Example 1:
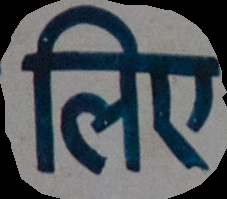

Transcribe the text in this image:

लिए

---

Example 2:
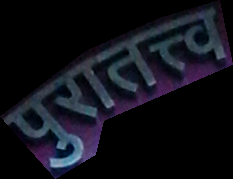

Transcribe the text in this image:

पुरातत्त्व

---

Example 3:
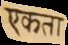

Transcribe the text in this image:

एकता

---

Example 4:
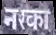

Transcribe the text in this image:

नरका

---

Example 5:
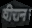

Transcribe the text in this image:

वीरान।